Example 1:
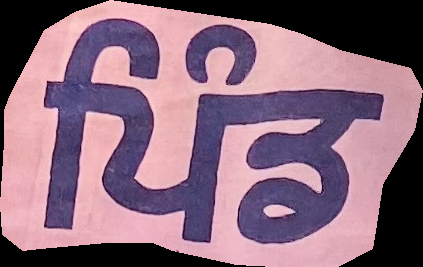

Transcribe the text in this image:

ਪਿੰਡ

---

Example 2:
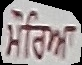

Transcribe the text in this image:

ਮੌਰਿਆ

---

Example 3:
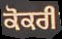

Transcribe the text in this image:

ਕੋਕਰੀ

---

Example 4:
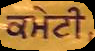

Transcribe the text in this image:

ਕਮੇਟੀ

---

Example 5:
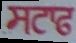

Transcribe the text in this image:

ਸਟਾਫ